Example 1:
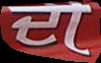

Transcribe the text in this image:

ਦਾ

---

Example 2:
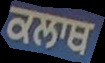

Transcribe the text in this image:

ਕਲਾਥ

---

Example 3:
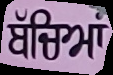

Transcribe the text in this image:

ਬੱਇਆਂ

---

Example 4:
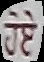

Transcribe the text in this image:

ਹੋਏ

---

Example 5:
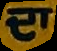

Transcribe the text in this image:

ਦਾ